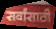
सर्वांसाठी